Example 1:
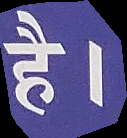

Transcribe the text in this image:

है।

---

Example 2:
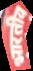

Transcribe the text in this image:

भारतीय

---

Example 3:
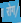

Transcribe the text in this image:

रोग/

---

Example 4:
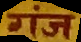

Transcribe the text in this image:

गंज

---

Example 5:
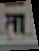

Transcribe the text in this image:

ता